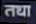
तथा